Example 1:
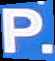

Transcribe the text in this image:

P.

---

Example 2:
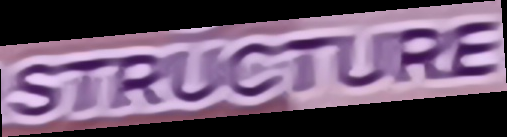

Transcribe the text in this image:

STRUCTURE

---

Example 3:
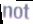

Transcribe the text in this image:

not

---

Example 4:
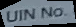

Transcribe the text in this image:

UINNo.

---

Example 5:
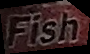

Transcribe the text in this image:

Fish